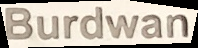
Burdwan